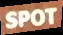
SPOT